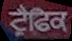
ਟ੍ਰੈਫਿਕ